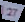
27